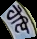
ਹੋਇ